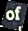
of